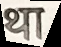
था